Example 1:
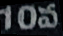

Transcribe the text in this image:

10వ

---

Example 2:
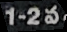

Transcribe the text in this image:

1-2వ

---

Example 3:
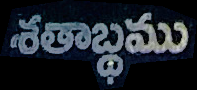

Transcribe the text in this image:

శతాబ్థము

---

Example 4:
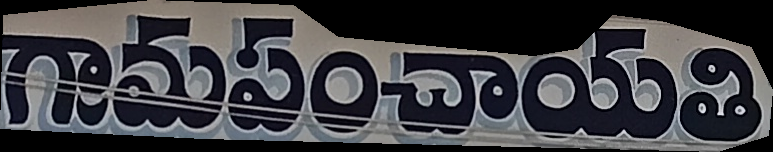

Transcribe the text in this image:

గామపంచాయతి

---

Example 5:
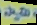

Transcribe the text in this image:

స్వామి